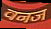
वनज